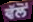
ਵੱਲੋਂ